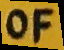
OF